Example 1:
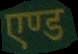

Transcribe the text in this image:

एण्ड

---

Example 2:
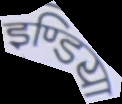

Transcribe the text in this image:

इण्डिया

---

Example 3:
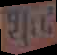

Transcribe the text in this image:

शुध्द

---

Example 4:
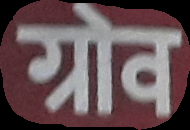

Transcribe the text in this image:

ग्रोव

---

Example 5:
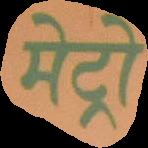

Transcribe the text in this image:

मेट्रो